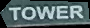
TOWER